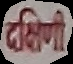
दक्षिणी